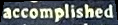
१८८०सास१५५२०